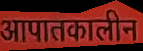
आपातकालीन